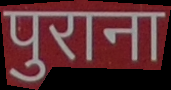
पुराना